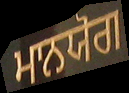
ਮਾਨਯੋਗ